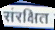
संरक्षित